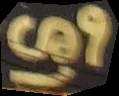
ശ്രീ